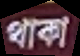
থাকা